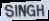
SINGH